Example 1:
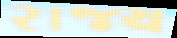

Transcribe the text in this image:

રાજય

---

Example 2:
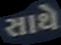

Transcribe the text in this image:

સાથે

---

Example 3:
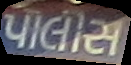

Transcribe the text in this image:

પોલીસ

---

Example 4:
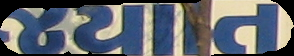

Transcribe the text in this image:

૪યાત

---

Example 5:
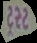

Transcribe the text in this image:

ટ્રસ્ટ